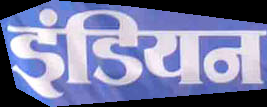
इंडियन